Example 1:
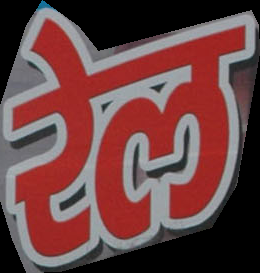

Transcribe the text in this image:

रेल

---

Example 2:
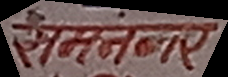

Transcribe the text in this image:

रामनगर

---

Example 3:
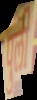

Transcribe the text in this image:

पुली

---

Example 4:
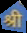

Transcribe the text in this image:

श्री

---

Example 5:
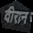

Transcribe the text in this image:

वीरान